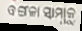
ବଙ୍ଗଳାସାମ୍ନାକୁ